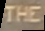
THE